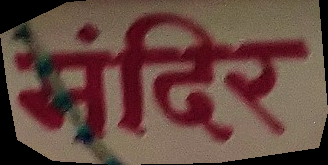
मंदिर